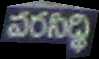
వరనిద్ధి